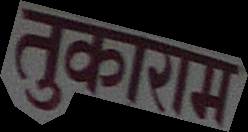
तुकाराम